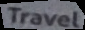
Travel